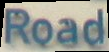
Road